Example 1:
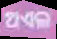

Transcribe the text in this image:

ଅଏଲ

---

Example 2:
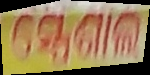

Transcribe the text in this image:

ସ୍ପେଶାଲ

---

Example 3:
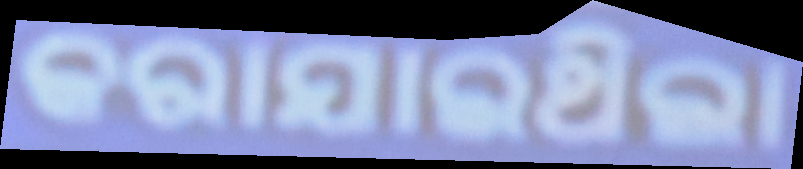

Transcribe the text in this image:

କରାଯାଇଥିଲା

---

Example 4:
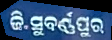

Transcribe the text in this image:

ଜି.ସୁବର୍ଣପୁର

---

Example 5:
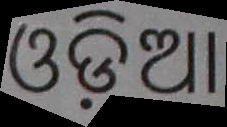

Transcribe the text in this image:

ଓଡ଼ିଆ